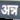
अन्न